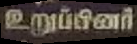
உறுப்பினர்